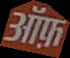
ऑफ़